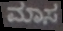
ಮಾಸ